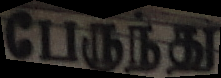
பேருந்து